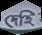
দেহি